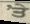
'ਤੇ